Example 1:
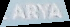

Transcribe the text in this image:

ARYA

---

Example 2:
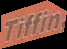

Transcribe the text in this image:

Tiffin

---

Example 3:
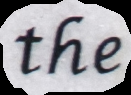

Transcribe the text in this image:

the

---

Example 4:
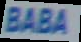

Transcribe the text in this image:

BABA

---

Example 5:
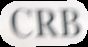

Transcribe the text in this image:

CRB